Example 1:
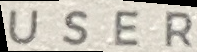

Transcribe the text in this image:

USER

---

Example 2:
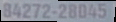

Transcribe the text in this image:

84272-28045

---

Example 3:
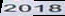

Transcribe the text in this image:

2018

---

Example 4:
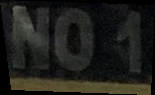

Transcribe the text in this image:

NO 1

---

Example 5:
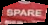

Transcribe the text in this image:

SPARE